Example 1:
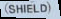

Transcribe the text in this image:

(SHIELD)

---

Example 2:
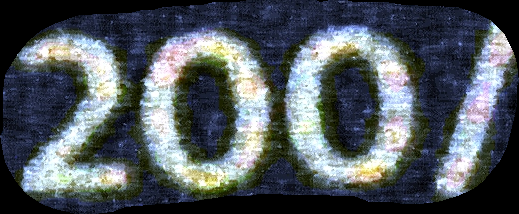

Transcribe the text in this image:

200/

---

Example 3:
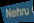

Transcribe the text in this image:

Nehru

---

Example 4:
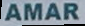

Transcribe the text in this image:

AMAR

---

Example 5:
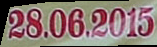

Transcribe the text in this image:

28.06.2015